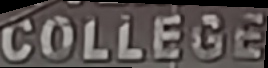
COLLEGE